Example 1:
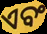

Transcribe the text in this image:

ଏବଂ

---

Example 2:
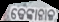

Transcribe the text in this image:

ଢେଙ୍କାନାଳ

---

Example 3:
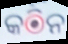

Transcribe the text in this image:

କଠିନ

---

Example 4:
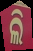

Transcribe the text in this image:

ଲି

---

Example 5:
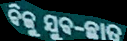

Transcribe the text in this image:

ବିଜୁ ଯୁବ-ଛାତ୍ର